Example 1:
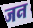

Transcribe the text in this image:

जन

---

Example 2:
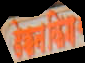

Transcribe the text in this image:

डेक्कन किंग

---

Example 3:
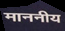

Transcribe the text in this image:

माननीय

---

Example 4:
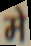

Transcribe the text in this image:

मे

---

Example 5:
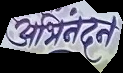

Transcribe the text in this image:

अभिनंदन